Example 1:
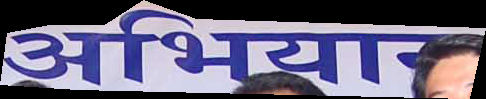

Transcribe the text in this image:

अभियान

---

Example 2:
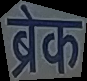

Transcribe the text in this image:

ब्रेक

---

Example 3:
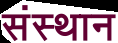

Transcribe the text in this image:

संस्‍थान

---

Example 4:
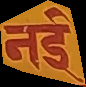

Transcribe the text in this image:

नई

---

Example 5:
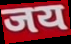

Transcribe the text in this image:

जय